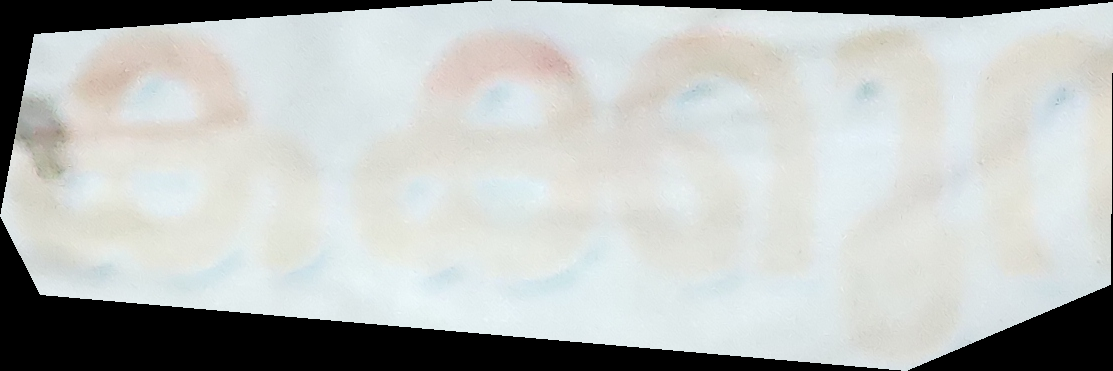
കക്കൂറ